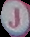
J